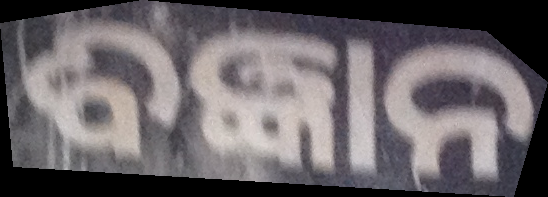
ବଜ୍ଞାନ